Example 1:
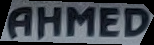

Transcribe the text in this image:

AHMED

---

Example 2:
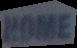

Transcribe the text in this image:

HOME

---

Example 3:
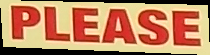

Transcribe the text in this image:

PLEASE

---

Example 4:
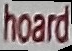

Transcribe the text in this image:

hoard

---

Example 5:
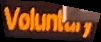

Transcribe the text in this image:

Voluntury